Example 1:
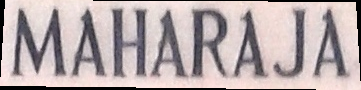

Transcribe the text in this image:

MAHARAJA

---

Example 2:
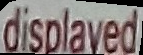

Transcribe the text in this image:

displayed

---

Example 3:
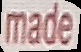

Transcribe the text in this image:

made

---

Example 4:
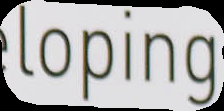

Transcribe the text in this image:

loping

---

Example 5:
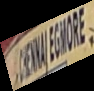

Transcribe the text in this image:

CHENNAI EGMORE